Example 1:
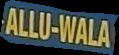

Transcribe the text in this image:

ALLU-WALA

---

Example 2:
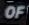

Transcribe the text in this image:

OF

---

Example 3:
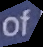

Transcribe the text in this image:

of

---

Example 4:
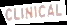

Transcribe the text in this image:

CLINICAL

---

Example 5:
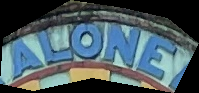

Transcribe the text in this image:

ALONE